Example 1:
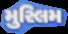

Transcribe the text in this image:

મુસ્લિમ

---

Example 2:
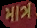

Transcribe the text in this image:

માત્ર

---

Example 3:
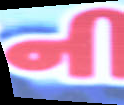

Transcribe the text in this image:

ની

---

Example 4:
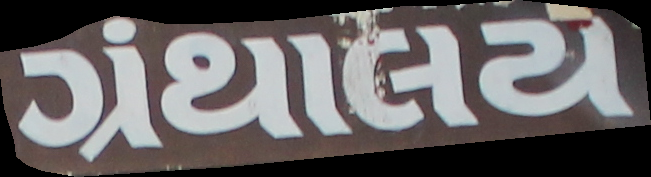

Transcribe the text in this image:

ગ્રંથાલય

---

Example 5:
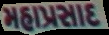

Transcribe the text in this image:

મહાપ્રસાદ